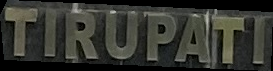
TIRUPATI